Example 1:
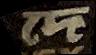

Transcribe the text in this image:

দে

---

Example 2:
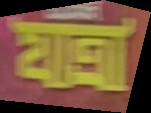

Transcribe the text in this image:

যাত্ৰা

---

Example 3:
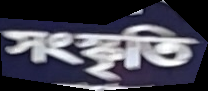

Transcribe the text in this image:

সৎস্কৃতি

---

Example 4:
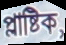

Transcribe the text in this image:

প্লাষ্টিক,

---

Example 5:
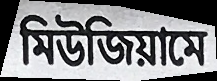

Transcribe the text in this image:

মিউজিয়ামে